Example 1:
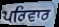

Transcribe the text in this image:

ਪਰਿਵਾਰ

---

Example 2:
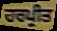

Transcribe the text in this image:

ਹਰਪ੍ਰੀਤ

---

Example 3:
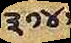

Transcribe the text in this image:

੩੭੪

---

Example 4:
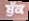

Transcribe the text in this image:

ਬੁੱਕ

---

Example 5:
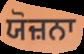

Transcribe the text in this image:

ਯੋਜ਼ਨਾ